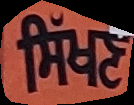
ਸਿੱਖਣ